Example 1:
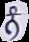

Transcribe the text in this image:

ਨੰ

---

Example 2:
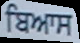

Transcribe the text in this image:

ਬਿਆਸ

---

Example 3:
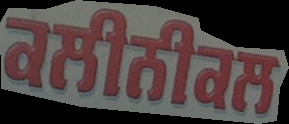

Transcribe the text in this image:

ਕਲੀਨੀਕਲ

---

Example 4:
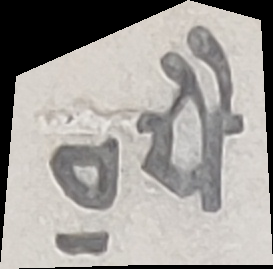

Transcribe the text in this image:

ਰੁਪੈ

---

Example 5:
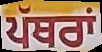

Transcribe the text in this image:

ਪੱਥਰਾਂ